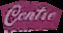
Centre